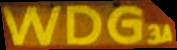
౧౯౬౩